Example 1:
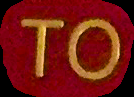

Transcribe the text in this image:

TO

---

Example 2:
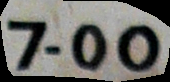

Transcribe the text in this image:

7-00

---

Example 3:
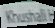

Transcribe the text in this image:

Khushall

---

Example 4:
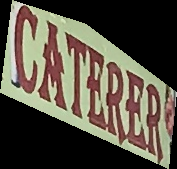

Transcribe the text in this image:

CATERER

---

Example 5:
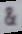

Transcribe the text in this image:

&